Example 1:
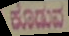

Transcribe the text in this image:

ಕೊಡುವ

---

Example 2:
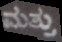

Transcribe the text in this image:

ಮತ್ತು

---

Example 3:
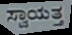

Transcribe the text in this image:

ಸ್ವಾಯತ್ತ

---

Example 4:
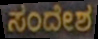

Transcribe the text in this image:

ಸಂದೇಶ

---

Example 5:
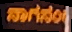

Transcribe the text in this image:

ನಾಗನಂತ